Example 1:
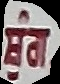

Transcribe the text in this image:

ਥੁੰਗ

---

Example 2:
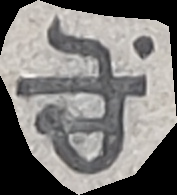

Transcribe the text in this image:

ਚੋਂ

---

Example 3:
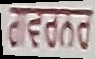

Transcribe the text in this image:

ਗਵਰਨਰ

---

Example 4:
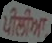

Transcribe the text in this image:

ਪੀਲੀਆ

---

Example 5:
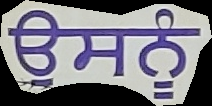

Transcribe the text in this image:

ਉਸਨੂੰ